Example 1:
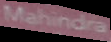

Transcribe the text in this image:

Mahindra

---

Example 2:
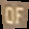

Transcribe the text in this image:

OF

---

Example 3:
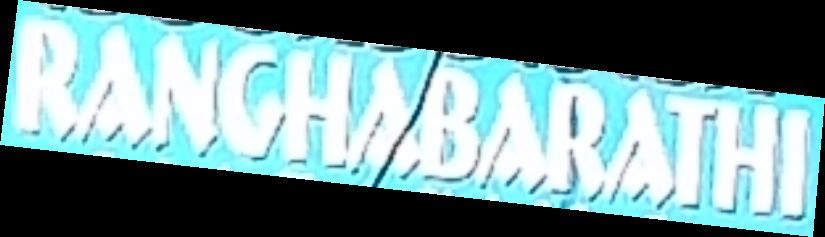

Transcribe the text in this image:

RANGHABARATHI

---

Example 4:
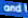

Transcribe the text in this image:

and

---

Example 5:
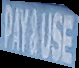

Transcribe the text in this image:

PAY&USE